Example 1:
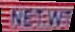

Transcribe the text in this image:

NETWT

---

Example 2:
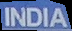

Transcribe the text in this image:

INDIA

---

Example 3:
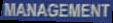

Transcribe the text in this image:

MANAGEMENT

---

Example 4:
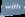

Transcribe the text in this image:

with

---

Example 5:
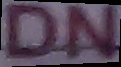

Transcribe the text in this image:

DN